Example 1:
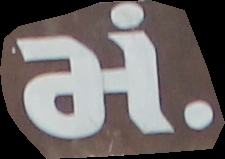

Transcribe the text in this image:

મં.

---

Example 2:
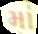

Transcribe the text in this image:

માં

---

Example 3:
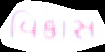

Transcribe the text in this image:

વિકાસ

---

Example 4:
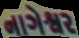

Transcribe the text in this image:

નાગેશ્વર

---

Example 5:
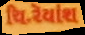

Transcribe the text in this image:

યિ.રેયાંશ